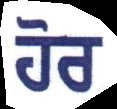
ਹੋਰ